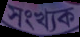
সংখ্যক